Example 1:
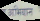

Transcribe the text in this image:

अभियान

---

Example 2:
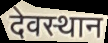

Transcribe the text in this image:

देवस्थान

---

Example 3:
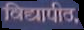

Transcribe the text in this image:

विद्यापीठ,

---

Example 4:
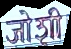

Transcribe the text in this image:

जोशी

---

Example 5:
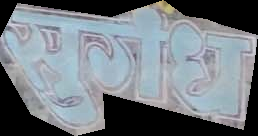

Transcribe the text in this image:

सुगंध